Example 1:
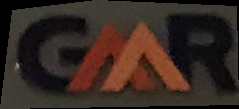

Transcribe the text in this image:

GAAR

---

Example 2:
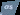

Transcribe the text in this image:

as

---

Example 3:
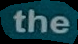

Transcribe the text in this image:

the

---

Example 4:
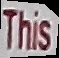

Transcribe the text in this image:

This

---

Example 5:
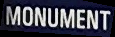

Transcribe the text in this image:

MONUMENT